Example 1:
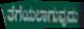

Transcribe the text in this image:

ತೆಗೆಯಲಾಗುವುದ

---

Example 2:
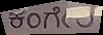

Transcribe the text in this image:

ಕೆಂಗೇರಿ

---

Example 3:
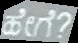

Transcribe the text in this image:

ಹೇಗೆ?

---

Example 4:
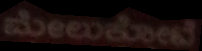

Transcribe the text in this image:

ಮೇಲುಕೋಟೆ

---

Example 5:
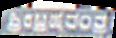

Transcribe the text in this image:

ಶ್ರೀಟ್ರಪದಂತೆ್ರ್ರ